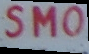
SMO